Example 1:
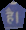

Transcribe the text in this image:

है।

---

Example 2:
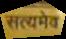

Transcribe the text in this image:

सत्यमेव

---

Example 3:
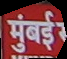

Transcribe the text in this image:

मुंबई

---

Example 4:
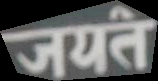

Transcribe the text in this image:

जयते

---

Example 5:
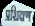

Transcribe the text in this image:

प्रशिक्षण